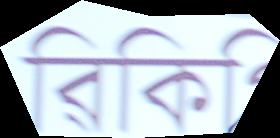
ৱিকি